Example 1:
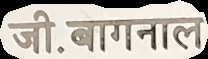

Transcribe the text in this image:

जी.बागनाल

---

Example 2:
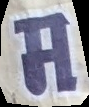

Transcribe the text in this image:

म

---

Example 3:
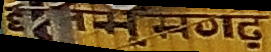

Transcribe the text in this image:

मूमगढ़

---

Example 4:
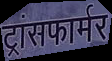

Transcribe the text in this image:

ट्रांसफार्मर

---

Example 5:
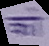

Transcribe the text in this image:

को